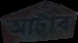
আটার